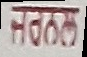
ਜਰਨਲ